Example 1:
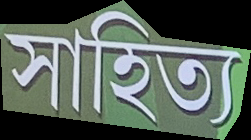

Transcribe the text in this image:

সাহিত্য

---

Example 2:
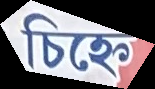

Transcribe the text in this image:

চিহ্নে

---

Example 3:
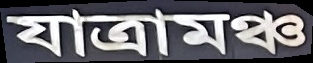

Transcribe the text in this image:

যাত্রামঞ্চ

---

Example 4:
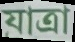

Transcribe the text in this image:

যাত্রা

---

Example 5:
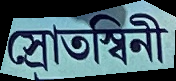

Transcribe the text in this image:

স্রোতস্বিনী